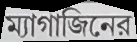
ম্যাগাজিনের